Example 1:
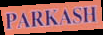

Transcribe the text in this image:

PARKASH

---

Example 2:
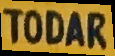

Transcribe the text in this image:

TODAR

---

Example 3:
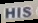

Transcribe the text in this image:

HIS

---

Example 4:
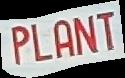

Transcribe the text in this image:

PLANT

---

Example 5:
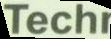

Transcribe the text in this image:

Techr